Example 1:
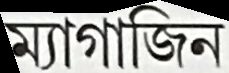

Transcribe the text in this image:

ম্যাগাজিন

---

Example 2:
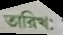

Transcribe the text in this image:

তারিখ:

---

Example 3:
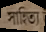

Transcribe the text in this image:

সাহিত্য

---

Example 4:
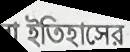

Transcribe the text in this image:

ইতিহাসের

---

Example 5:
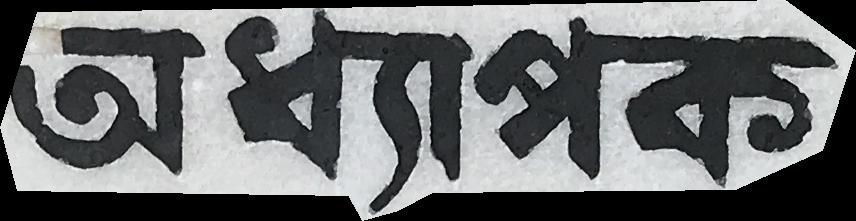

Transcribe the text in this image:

অধ্যাপক